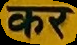
क‍र